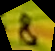
&